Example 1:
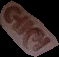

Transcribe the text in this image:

લાભ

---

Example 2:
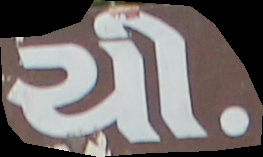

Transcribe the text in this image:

ચી.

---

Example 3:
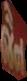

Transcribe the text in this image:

જૈન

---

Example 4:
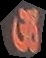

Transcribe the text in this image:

ૐ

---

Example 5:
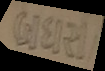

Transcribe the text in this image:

બ્રધર્સ